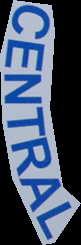
CENTRAL